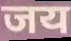
जय